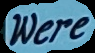
Were